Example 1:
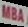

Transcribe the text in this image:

MBA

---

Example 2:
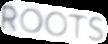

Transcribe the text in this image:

ROOTS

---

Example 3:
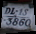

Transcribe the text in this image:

3860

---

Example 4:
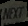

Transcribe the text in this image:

NEXT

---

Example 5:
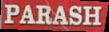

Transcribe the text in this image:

PARASH